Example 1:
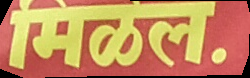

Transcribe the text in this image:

मिळल.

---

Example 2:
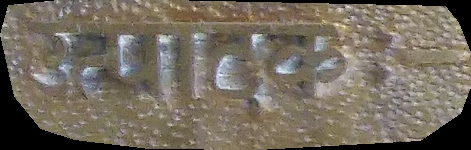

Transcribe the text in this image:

उत्पादक:-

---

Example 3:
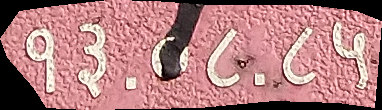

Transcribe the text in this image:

१३.०८.८५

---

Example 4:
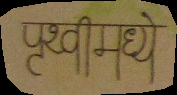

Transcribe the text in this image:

पृथ्वीमध्ये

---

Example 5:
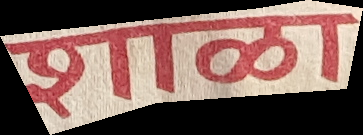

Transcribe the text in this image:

शाळा